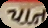
પાન